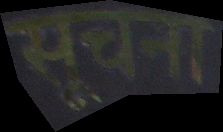
सुचना